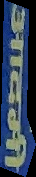
आदमी